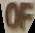
OF